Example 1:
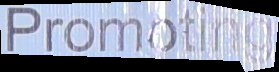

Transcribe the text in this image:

Promoting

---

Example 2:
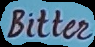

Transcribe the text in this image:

Bitter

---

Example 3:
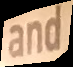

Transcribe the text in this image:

and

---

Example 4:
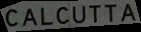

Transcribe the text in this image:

CALCUTTA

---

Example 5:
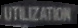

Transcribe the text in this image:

UTILIZATION